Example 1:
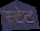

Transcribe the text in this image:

स्टेट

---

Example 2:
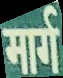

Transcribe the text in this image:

मार्ग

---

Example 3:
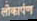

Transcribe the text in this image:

लोकार्पण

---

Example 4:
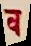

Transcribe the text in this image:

व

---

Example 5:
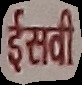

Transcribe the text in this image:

ईसवीं